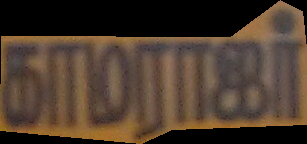
காமராஜா்